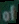
of